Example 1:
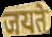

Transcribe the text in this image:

जयते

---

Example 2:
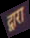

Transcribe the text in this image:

द्वारा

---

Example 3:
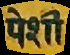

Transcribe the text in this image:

पेशी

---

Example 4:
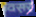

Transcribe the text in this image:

वसर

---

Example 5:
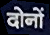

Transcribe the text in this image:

दोनों